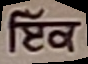
ਇੱਕ